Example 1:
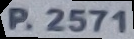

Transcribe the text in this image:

P.2571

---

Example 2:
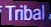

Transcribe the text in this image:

Tribal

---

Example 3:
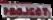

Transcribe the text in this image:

PROJECT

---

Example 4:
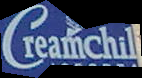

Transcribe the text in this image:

Creamchill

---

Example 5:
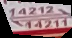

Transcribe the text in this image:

14212